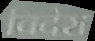
विदेश